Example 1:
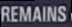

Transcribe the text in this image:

REMAINS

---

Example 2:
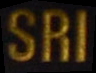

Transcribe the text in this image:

SRI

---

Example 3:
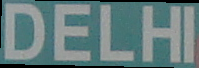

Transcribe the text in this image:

DELHI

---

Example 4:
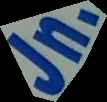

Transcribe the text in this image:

Jn.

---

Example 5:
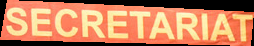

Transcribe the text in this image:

SECRETARIAT